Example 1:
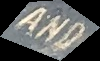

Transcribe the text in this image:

AND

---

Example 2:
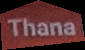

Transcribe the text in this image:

Thana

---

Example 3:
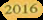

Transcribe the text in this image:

2016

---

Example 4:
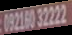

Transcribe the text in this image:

09216032222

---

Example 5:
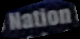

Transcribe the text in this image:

Nation